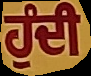
ਹੁੰਦੀ